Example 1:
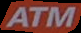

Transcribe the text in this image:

ATM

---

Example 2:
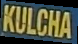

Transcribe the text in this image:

KULCHA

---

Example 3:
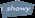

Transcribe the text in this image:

showy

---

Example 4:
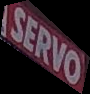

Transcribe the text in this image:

SERVO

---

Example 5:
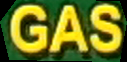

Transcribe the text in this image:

GAS